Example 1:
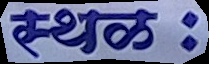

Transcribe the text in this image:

स्थळ :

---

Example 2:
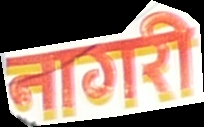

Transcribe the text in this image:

नागरी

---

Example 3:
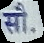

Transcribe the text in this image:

सौ.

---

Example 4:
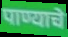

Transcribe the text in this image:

पाण्याचे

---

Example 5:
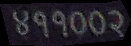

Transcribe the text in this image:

४११00२